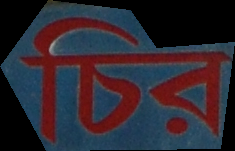
চির